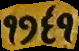
੧੭੬੧